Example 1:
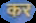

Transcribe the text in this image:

क‍र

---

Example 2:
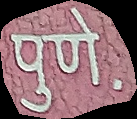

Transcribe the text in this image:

पुणे.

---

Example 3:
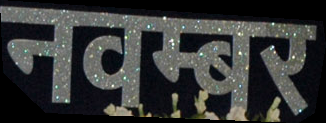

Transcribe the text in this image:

नवम्बर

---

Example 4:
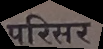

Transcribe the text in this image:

परिसर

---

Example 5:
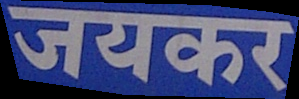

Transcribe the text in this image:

जयकर